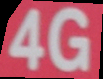
4G